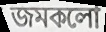
জমকলো